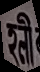
হনী